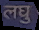
लघु